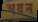
भवन